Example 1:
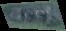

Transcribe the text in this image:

बल्लू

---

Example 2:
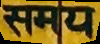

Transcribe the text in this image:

समय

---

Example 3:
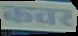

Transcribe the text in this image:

कवर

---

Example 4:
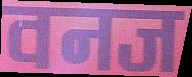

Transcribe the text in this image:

वनज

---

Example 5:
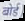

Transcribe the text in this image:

बोर्ड